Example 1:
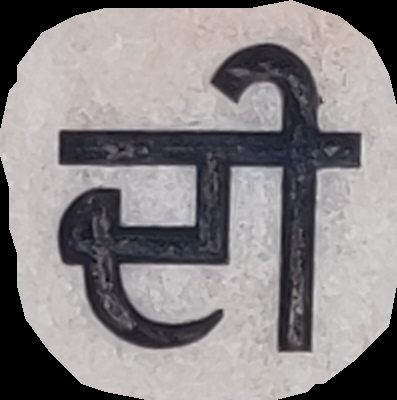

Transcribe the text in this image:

ਦੀ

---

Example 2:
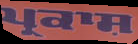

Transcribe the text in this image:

ਪ੍ਰਕਾਸ਼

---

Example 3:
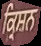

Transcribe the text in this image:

ਕ੍ਰਿਸ਼ਨ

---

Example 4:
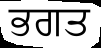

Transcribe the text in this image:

ਭਗਤ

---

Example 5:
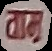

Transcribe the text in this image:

ਗਸ੍ਰ